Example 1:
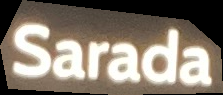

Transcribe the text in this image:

Sarada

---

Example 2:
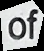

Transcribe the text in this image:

of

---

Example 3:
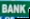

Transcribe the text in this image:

BANK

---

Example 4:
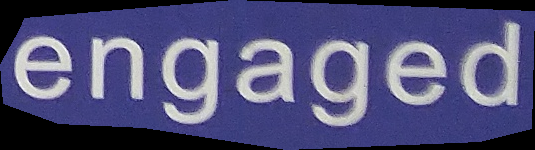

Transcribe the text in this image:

engaged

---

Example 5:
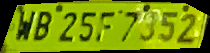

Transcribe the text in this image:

WB25F7352